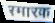
स्मारक